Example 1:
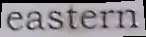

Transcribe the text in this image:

eastern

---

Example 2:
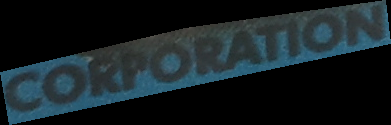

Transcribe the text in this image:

CORPORATION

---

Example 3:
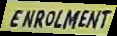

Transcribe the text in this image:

5018114517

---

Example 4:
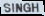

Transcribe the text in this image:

SINGH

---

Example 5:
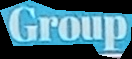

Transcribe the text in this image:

Group